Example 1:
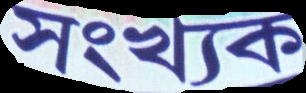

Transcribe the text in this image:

সংখ্যক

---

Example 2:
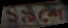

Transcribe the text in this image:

১৯শে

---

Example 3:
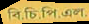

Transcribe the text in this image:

বি.চি.পি.এল.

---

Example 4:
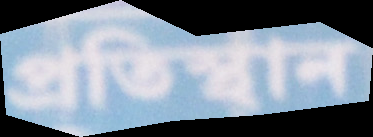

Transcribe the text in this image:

প্ৰতিস্থান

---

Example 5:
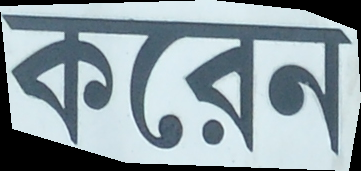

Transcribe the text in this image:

করেন